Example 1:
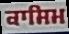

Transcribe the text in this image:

ਕਾਸਿਮ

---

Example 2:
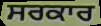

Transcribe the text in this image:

ਸਰਕਾਰ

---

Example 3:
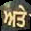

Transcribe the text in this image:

ਅਤੇ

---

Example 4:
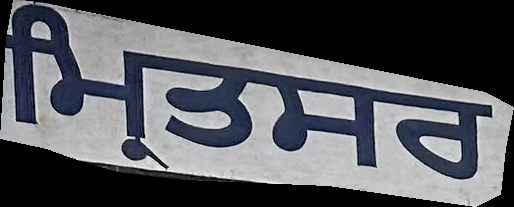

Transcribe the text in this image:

ਮਿ੍ਤਸਰ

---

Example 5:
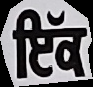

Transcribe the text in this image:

ਇੱਕ